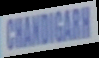
CHANDIGARH